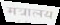
मंत्रालय।